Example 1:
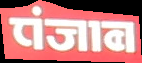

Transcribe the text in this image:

पंजाब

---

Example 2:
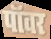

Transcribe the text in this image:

पॉवर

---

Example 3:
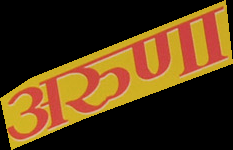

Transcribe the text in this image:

अरुणा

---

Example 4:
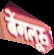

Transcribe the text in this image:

बेंगलूरू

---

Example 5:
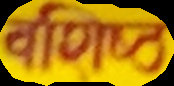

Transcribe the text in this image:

वशिष्ठ